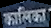
कालिका